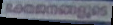
ഭക്തജനങ്ങളുടെ